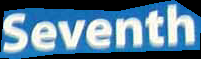
Seventh